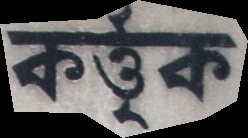
কর্ত্তৃক